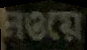
সওয়ে